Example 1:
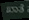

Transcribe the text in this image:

ಖಾತ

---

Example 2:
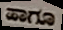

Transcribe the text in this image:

ಹಾಗೂ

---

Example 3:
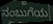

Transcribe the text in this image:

ನಂಬುಗೆಯ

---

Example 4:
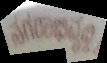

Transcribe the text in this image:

ನಗರಾಜವ್ವಲ್ಲಿ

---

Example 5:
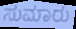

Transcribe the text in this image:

ಸುಮಾರು